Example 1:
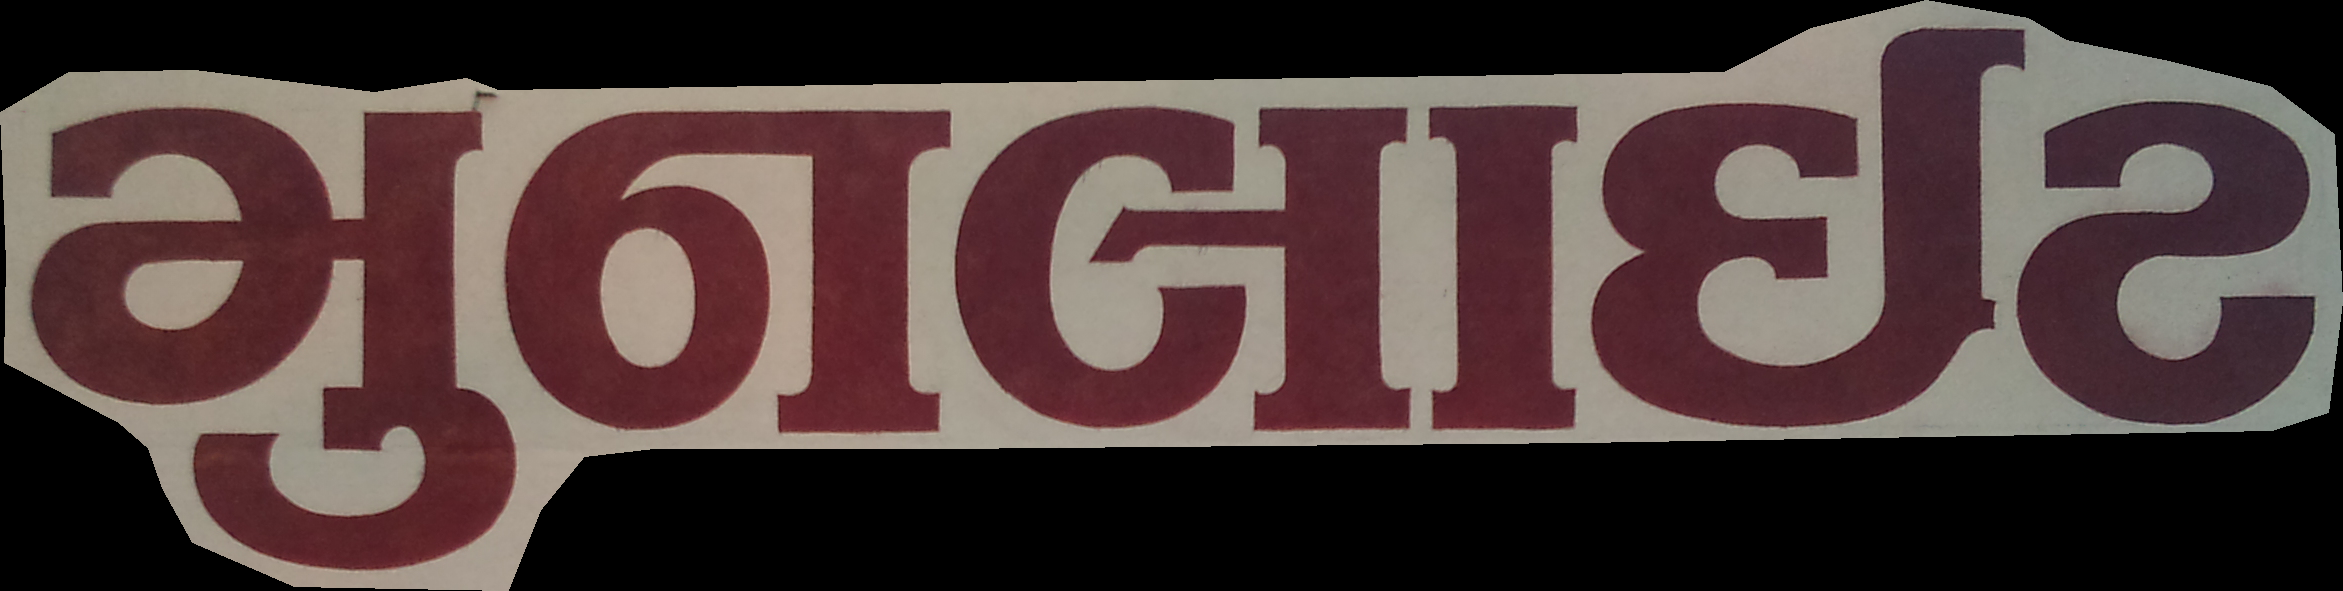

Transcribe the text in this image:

મુનલાઈટ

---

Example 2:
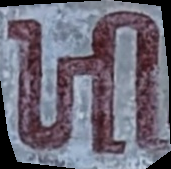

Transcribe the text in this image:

ખી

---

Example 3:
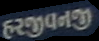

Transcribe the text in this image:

હરજીવનજી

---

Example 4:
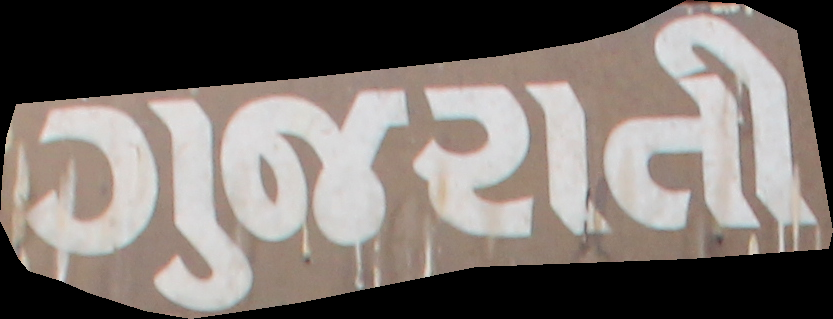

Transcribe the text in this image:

ગજરાતી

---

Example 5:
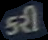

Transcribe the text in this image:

કરી